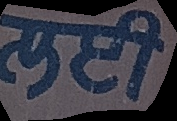
ਲ਼ਈ